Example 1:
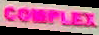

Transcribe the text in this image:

COMPLEX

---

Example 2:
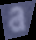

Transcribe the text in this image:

a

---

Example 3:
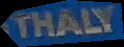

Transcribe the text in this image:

THALY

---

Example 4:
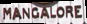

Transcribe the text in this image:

MANGALORE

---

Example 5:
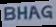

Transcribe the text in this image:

BHAG